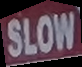
SLOW